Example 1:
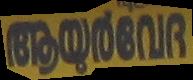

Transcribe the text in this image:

ആയുർവേദ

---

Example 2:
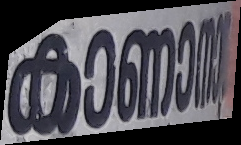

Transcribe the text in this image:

കാണാനാ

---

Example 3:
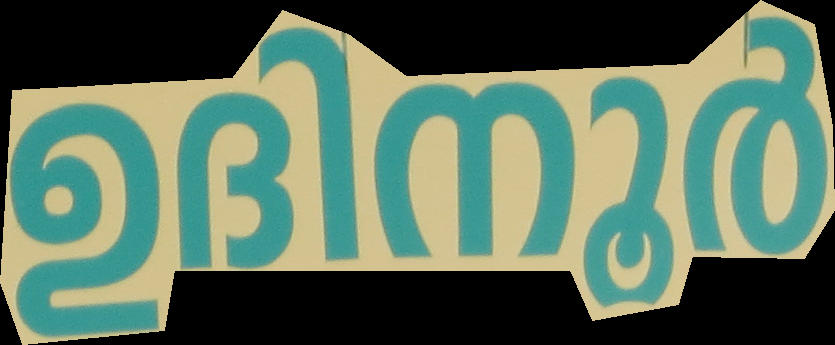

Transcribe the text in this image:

ഉദിനൂർ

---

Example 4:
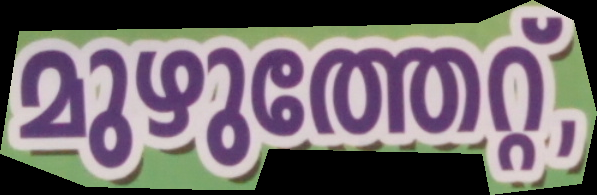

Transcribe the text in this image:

മുഴുത്തേറ്റ്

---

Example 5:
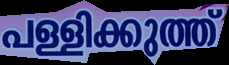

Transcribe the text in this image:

പള്ളിക്കുത്ത്